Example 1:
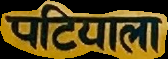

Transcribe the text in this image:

पटियाला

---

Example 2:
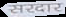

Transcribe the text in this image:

सरदार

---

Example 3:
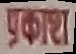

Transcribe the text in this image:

प्रकाश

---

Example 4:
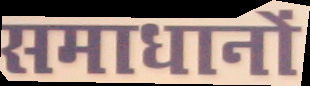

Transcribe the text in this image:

समाधानों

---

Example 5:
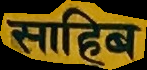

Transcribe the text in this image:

साहिब